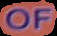
OF